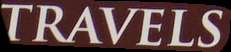
TRAVELS